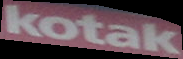
kotak